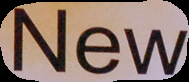
New